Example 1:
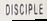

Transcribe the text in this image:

DISCIPLE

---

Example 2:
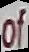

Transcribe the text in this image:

of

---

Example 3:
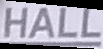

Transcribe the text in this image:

HALL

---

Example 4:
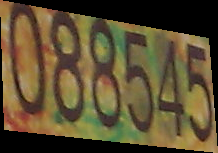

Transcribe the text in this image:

088545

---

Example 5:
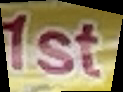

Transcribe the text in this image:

1st